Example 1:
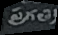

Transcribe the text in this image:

ప్రగతి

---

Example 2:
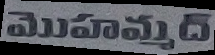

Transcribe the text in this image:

మొహమ్మద్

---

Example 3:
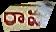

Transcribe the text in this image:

రా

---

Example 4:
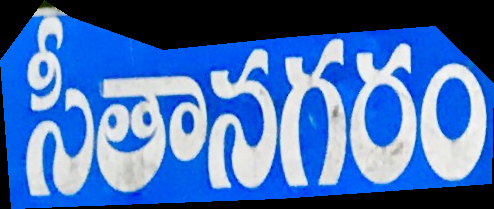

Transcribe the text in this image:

సీతానగరం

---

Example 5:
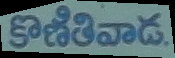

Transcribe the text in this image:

కొణితివాడ.